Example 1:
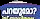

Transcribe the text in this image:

പറയുമോ?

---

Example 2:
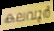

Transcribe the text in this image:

കലവൂർ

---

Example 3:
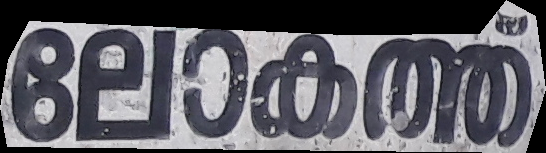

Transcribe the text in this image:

ലോകത്ത്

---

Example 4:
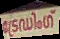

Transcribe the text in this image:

ട്രേഡിംഗ്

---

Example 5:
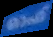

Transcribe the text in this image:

ഓഫ്